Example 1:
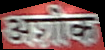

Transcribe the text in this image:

अशोक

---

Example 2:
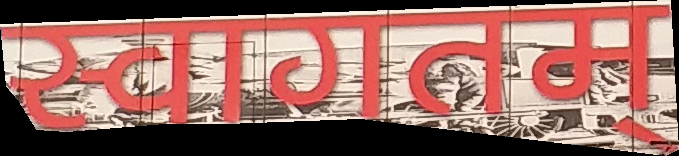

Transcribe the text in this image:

स्वागतम्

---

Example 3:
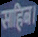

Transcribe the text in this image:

साहिब।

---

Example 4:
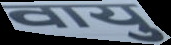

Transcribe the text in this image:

वायु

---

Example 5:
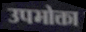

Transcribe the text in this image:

उपभोक्ता